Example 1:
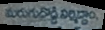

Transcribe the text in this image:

మరుగుదొడ్డి నిర్మిద్దాం.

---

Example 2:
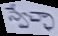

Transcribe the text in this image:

స్వేచ్ఛా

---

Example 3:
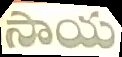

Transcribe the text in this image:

సాయ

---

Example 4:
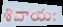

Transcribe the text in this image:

శివాయ:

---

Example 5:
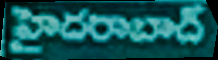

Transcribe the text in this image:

హైదరాబాద్